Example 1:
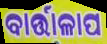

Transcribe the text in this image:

ବାର୍ତ୍ତାଳାପ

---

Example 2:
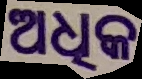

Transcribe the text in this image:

ଅଧିକ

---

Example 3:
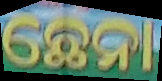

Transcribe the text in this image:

ଛେନା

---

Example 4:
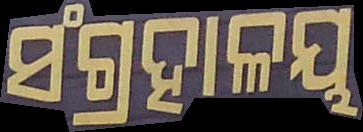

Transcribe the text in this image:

ସଂଗ୍ରହାଳୟ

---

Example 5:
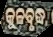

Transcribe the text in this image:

କୁଳବୃଦ୍ଧ